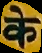
के